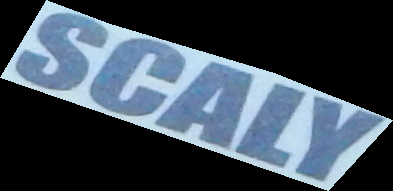
SCALY